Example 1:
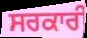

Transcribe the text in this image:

ਸਰਕਾਰੀ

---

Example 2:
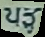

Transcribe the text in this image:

ਪੜ੍ਹ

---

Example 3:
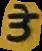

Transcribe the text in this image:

ਤੇ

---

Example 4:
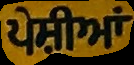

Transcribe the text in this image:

ਪੇਸ਼ੀਆਂ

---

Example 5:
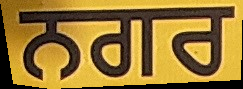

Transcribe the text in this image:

ਨਗਰ